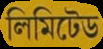
লিমিটেড